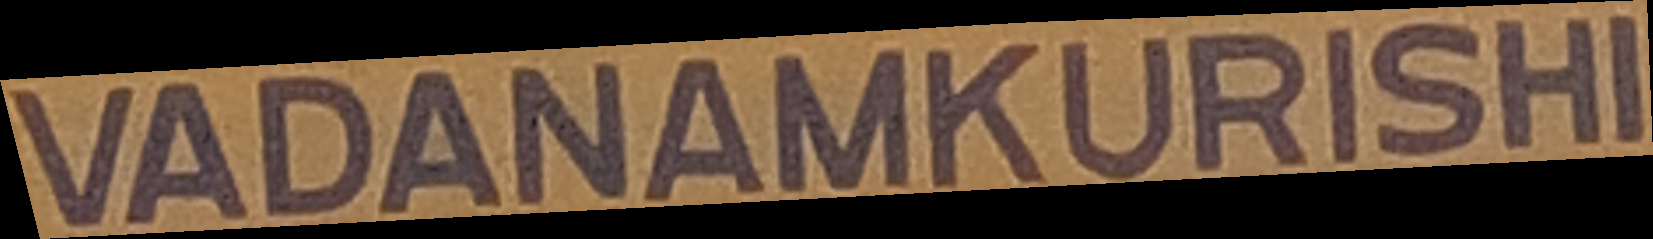
VADANAMKURISHI